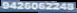
9426062248